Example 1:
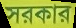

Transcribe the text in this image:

সরকার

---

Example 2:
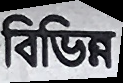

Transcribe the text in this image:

বিভিন্ন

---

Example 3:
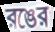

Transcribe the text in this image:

রঙের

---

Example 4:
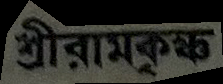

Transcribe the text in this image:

শ্রীরামকৃন্ধ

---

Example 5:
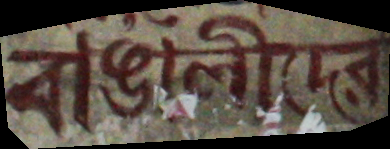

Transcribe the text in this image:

বাঙালীদের